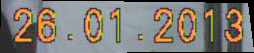
26.01.2013